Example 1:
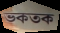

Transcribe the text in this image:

ভকতক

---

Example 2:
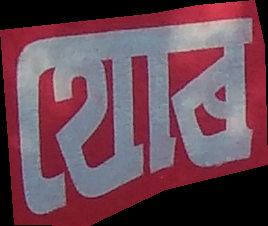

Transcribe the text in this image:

থোৰ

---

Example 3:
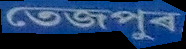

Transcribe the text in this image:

তেজপুৰ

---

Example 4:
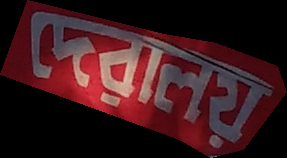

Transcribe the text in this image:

দেৱালয়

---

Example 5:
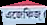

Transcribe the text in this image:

এজেন্সিজ